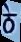
ਠੇ